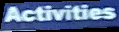
Activities